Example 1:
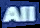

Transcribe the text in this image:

All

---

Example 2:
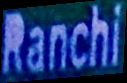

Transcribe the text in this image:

Ranchi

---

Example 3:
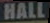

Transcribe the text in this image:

HALL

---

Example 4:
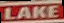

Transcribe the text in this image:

LAKE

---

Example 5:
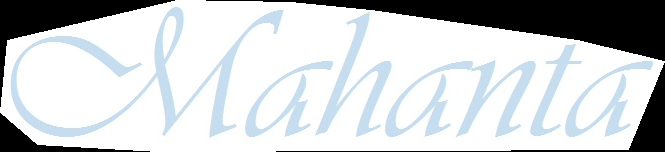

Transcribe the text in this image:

Mahanta